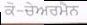
ਕੋ-ਚੇਅਰਮੈਨ